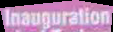
Inauguration